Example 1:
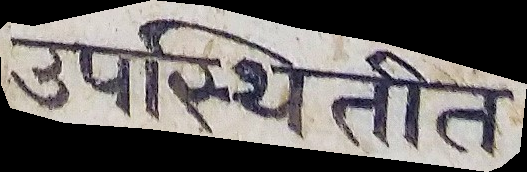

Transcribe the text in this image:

उपस्थितीत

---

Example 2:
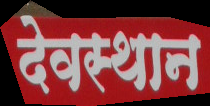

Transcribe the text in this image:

देवस्थान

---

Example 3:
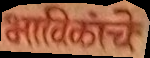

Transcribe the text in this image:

भाविकांचे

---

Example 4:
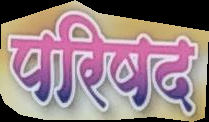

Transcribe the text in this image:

परिषद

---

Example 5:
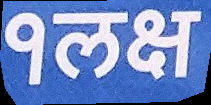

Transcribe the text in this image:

१लक्ष